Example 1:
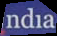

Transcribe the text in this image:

ndia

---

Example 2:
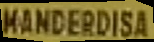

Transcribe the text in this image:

MANDERDISA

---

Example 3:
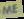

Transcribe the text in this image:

ME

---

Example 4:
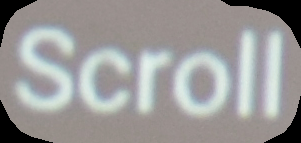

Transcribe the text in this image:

Scroll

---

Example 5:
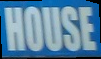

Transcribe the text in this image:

HOUSE